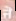
ਜੇ